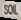
SOL